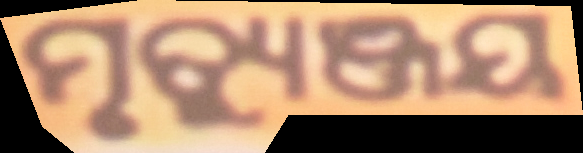
ମୃତ୍ୟୁଞ୍ଜୟ